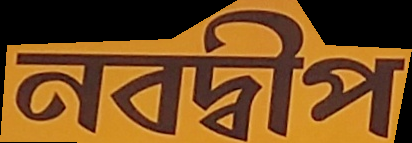
নবদ্বীপ